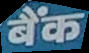
बैंक